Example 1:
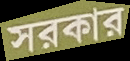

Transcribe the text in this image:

সরকার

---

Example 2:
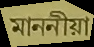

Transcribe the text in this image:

মাননীয়া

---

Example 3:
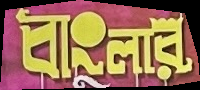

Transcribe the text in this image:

বাংলার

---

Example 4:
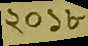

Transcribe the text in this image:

২০১৮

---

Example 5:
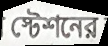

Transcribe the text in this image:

স্টেশনের